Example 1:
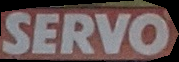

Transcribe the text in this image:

SERVO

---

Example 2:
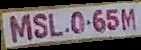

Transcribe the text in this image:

MSL.0-65M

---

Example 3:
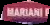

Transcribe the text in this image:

MARIANI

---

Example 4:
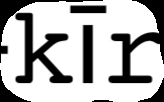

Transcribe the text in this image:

kīr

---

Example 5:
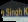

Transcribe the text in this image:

SinghK